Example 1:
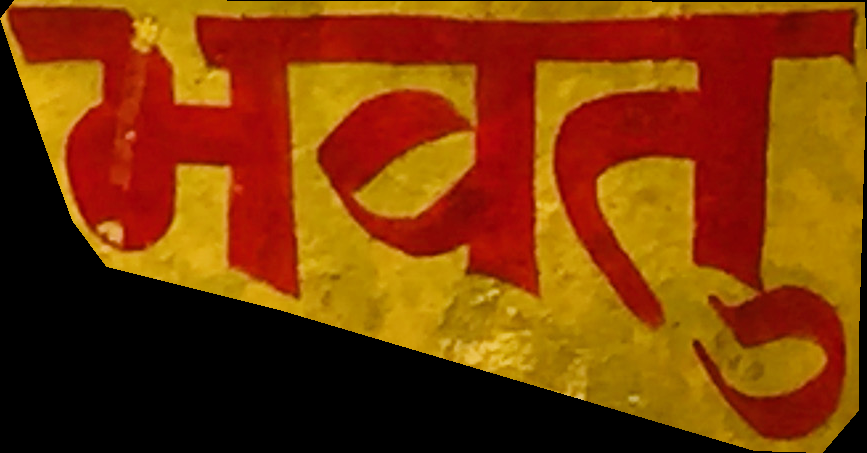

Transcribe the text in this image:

भवतु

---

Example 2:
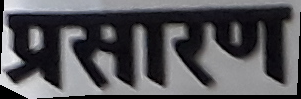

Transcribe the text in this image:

प्रसारण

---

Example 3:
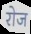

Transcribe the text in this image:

रोज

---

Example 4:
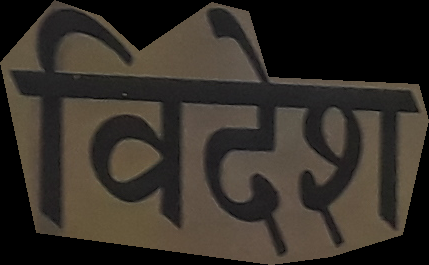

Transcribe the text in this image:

विदेश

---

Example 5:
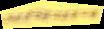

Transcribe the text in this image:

अभियान